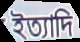
ইত্যাদি